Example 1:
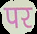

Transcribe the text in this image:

पर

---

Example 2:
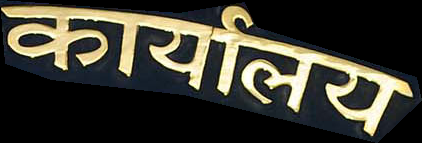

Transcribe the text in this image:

कार्यालय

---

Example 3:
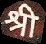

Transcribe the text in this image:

श्री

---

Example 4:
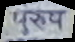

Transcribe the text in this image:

पुरुष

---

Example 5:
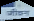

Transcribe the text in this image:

जीवन